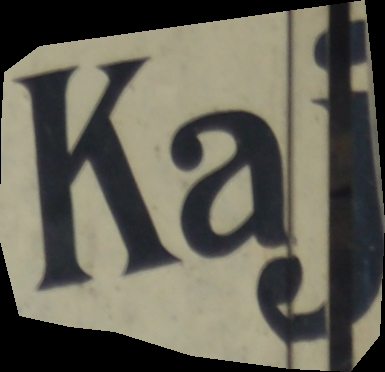
Kaj